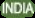
INDIA